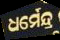
ଧର୍ମେନ୍ଦ୍ର